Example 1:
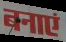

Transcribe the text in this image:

बनाएं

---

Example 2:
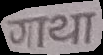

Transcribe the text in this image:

गाथा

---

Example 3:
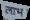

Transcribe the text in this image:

लाभ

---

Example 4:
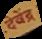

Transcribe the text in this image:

देवेंद्र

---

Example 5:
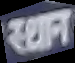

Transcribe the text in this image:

स्थान